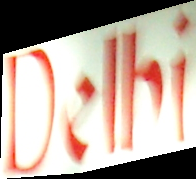
Delhi